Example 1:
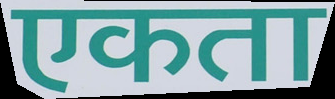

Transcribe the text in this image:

एकता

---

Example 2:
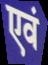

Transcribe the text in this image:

एवं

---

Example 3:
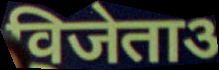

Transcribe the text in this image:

विजेता3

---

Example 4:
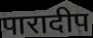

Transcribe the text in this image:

पारादीप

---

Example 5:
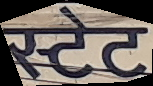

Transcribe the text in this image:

स्टेट